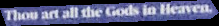
Thow art all the Gods in Heaven